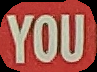
YOU